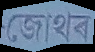
জোথৰ